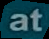
at